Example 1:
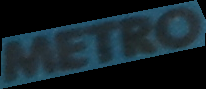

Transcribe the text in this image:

METRO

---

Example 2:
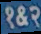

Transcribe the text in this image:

१&२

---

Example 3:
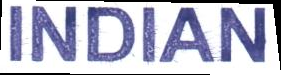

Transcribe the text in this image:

INDIAN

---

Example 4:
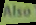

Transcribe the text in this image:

Also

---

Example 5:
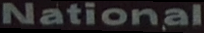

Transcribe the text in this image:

National